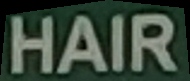
HAIR